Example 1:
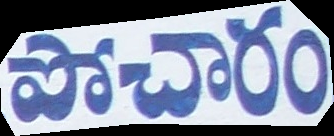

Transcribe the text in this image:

పోచారం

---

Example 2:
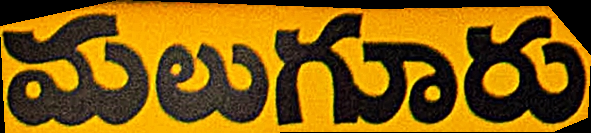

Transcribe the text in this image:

మలుగూరు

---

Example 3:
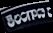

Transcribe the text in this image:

తెలంగాణ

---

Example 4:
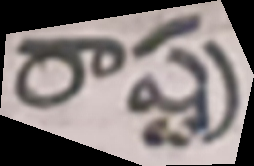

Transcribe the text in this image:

రాష్ట్ర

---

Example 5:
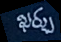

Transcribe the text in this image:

ఖర్చ